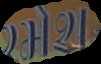
રમેશ